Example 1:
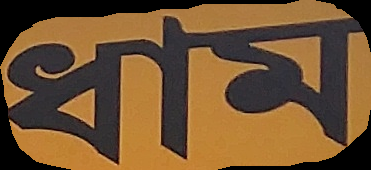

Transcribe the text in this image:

ধাম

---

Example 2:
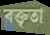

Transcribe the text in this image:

বক্তৃতা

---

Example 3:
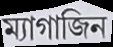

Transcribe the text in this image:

ম্যাগাজিন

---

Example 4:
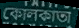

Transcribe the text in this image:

কোলকাত৷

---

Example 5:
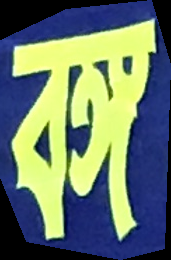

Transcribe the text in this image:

বঙ্গ